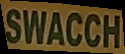
SWACCH